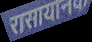
रासायनिक